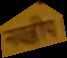
নবদ্বীপ